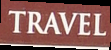
TRAVEL